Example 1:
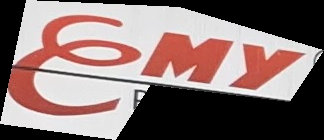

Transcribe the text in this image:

EMY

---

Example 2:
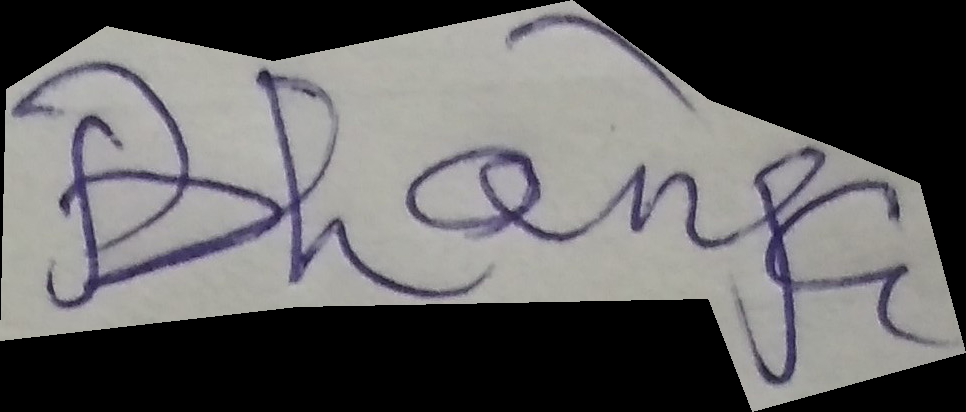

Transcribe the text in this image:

Bhanja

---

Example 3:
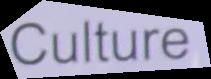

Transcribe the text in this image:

Culture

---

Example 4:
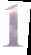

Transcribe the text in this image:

1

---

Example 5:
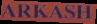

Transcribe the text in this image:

ARKASH